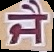
ਜੈ